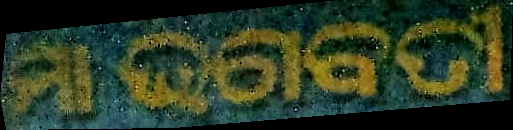
ମା ଭଗବତା